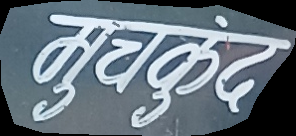
मुचकुंद